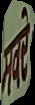
ਸਕਦੇ